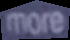
more